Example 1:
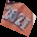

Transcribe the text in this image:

2021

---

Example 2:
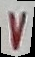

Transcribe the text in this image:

V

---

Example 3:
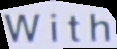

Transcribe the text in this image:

With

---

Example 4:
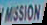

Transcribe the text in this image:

MISSION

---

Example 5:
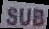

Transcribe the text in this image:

SUB